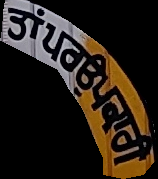
ਤਾਂ ਪਰਉਪਕਾਰੀ